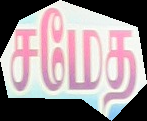
சமேத